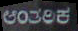
ಆಂತರಿಕ